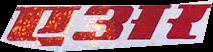
एअर